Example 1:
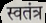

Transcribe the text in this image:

स्वतंत्र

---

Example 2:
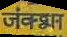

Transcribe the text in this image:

जंक्शन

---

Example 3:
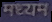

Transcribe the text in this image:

मध्‍यम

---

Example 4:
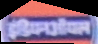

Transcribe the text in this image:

इंडियन ऑयल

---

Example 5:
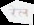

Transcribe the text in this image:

रेल